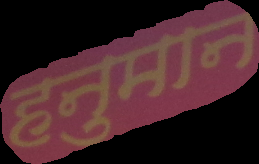
हनुमान